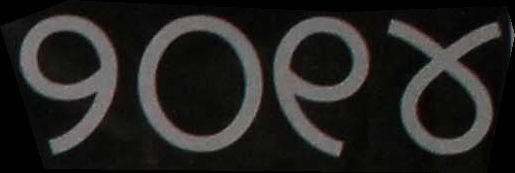
୨୦୧୪